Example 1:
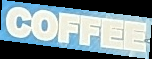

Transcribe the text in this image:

COFFEE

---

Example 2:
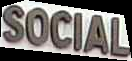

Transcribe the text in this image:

SOCIAL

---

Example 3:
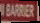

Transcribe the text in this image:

BARRIER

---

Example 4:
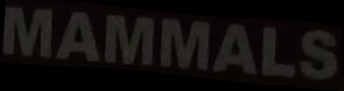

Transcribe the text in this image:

MAMMALS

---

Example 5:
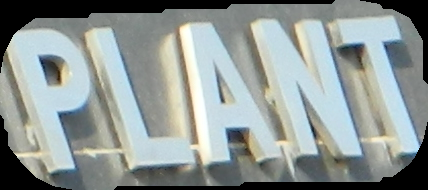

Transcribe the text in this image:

PLANT